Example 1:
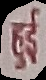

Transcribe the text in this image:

हुई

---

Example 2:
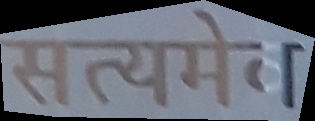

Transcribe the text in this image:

सत्‍यमेव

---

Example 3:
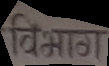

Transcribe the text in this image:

विभाग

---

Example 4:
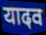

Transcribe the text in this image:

यादव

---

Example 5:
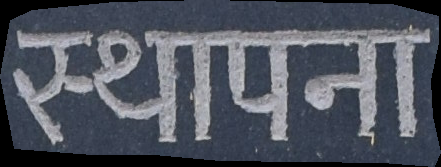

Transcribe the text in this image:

स्थापना